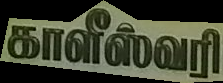
காளீஸ்வரி